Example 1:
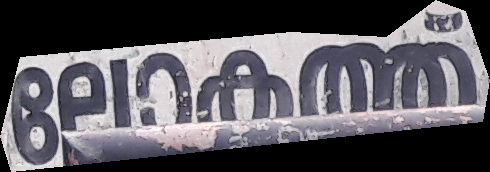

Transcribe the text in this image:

ലോകത്ത്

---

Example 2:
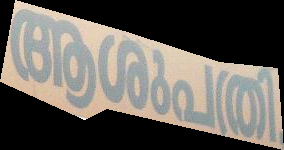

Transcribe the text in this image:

ആശംപത്രി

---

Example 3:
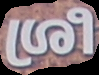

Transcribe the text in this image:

ശ്രീ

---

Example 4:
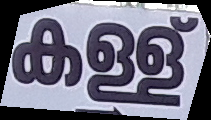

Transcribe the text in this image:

കള്ള്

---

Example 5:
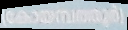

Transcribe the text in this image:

(കോയമ്പത്തൂർ)